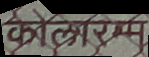
कोलारम्म